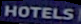
HOTELS